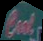
Coal